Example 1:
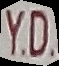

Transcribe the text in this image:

Y.D.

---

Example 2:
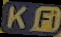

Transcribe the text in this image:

KFi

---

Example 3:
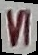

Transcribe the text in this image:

VI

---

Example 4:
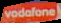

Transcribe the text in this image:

vodafone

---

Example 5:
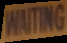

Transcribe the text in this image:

WAITING